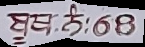
ਬੂਥ:ਨੰ:68